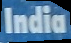
India